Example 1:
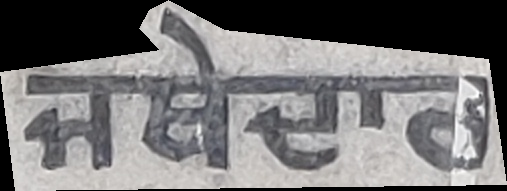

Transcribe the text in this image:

ਜਥੇਦਾਰ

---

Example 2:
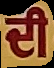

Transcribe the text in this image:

ਦੀ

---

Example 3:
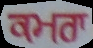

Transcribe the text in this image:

ਕਮਰਾ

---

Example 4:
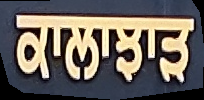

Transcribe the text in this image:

ਕਾਲਝਾੜ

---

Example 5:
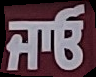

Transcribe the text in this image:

ਜਾਓ